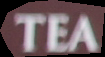
TEA